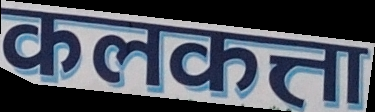
कलकत्ता